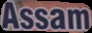
Assam